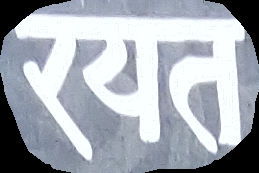
रयत